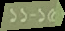
১১-১৫